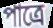
পাত্রে